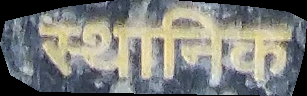
स्‍थानिक